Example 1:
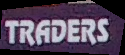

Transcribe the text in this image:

TRADERS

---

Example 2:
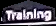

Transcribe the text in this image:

Training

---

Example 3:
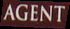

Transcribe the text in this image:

AGENT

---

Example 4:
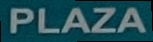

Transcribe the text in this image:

PLAZA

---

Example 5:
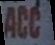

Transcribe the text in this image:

ACC